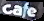
cafe